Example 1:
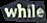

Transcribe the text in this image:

while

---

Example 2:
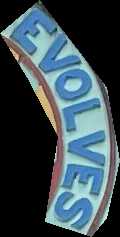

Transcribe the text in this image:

EVOLVES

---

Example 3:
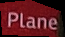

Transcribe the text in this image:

Plane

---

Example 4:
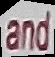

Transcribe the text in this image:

and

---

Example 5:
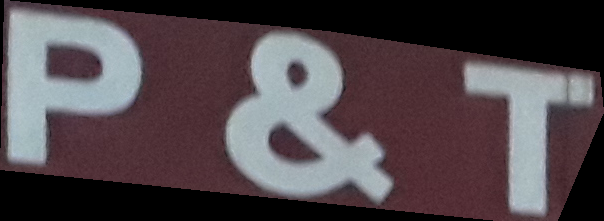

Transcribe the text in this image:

P&T